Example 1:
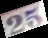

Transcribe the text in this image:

25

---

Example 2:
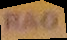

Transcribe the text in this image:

RAO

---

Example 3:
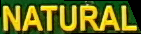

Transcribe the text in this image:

NATURAL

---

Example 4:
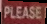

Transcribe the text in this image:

PLEASE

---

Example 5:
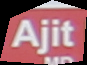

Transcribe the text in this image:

Ajit